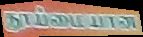
தூய்மையான